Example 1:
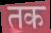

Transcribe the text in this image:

तक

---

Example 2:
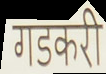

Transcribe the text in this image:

गडकरी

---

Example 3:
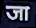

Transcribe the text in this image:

जा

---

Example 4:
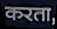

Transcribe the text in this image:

करता,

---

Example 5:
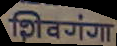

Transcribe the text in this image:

शिवगंगा